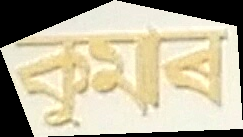
কুমাৰ